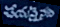
చేయనైన